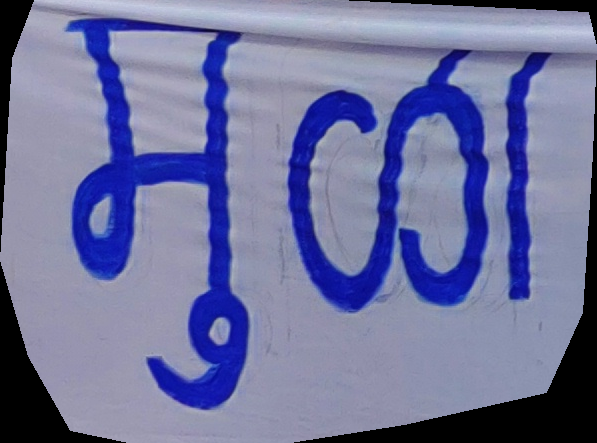
मुळा